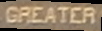
GREATER